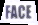
FACE